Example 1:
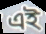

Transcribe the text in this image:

এই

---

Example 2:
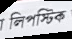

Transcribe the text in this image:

লিপস্টিক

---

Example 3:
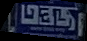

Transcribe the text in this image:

এড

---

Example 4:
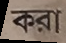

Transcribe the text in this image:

করা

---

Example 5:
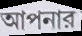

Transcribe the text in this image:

আপনার